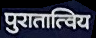
पुरातात्विय